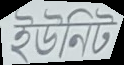
ইউনিট